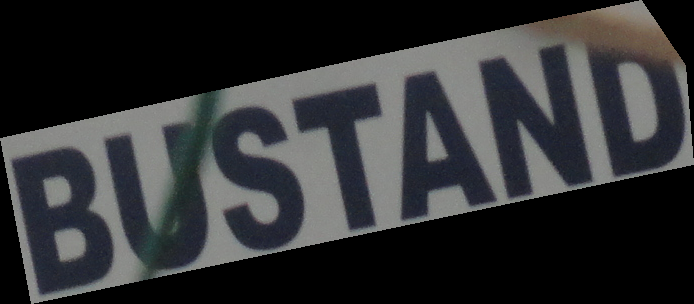
BUSTAND